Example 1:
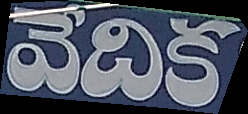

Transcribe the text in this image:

వేదిక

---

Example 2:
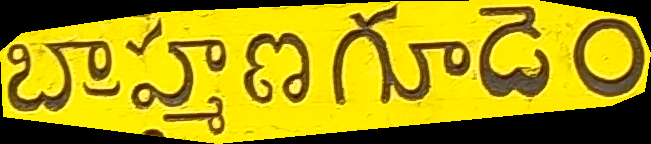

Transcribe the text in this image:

బాహ్మణగూడెం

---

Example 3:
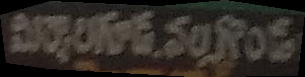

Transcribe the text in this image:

మిర్యాలగూడ, నల్లగొండ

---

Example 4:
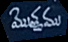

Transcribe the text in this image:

మొత్తము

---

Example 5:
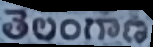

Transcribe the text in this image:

తెలంగాణ